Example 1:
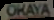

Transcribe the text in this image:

OKAYA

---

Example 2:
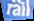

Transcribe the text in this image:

rail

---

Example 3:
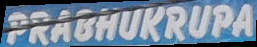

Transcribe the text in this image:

PRABHUKRUPA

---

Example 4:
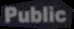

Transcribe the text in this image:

Public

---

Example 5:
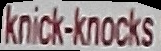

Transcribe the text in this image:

knick-knocks